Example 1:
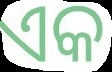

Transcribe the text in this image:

ଏକ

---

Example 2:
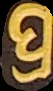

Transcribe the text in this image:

ପ୍ର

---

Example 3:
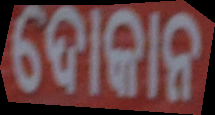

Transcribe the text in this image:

ଦୋକାନ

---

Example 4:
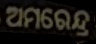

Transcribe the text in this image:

ଅମରେନ୍ଦ୍ର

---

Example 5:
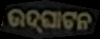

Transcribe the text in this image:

ଉଦ୍‌ଘାଟନ